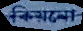
কিয়নো